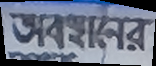
অবস্থানের